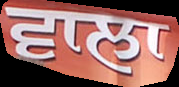
ਵਾਲਾ